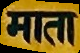
माता